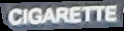
CIGARETTE